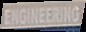
ENGINEERING